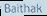
Baithak